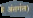
अंतर्गत)